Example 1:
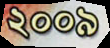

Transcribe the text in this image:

২০০৯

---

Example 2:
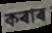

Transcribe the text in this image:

কৰাৰ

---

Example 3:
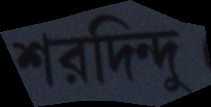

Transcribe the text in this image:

শরদিন্দু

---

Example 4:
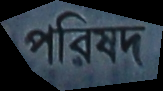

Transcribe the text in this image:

পরিষদ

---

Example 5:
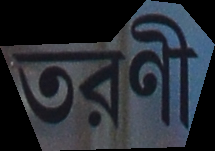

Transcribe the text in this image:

তরণী